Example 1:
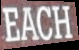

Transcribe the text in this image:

EACH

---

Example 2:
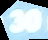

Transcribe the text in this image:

30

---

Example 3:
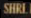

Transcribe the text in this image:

SHRI.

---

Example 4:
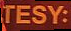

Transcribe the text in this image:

TESY:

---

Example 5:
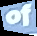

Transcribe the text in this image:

of